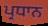
ਪ੍ਰਧਾਨ